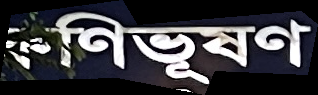
ণিভূষণ